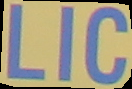
LIC